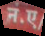
नं.ए